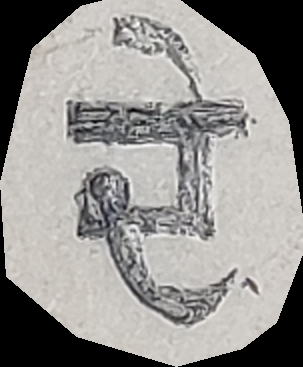
ਦੇ